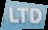
LTD